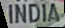
INDIA